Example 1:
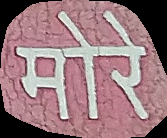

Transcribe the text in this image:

मोरे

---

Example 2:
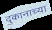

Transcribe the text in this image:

दुकानाच्या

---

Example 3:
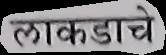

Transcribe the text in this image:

लाकडाचे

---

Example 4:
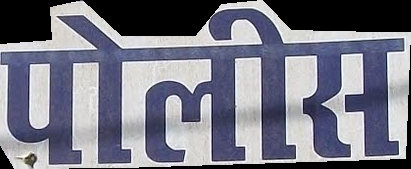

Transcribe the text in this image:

पोलीस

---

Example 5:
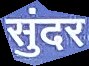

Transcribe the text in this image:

सुंदर